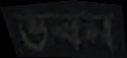
ভবন